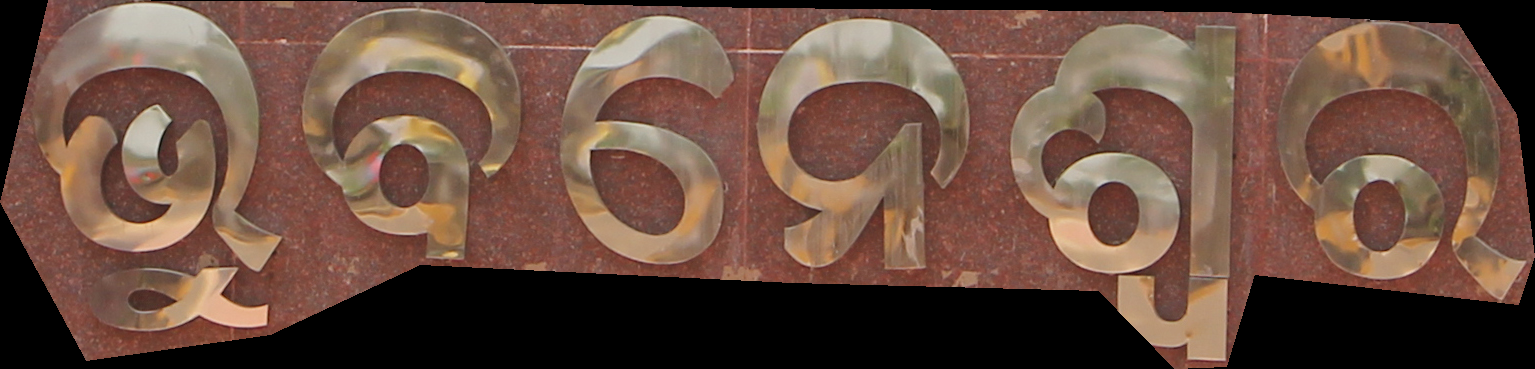
ଭୁବନେଶ୍ବର